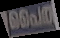
പൈത്